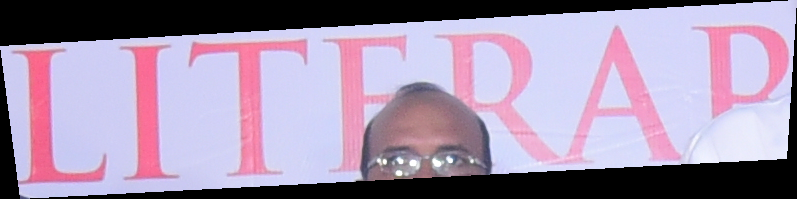
LITERAP